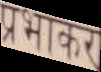
प्रभाकर